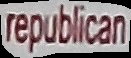
republican